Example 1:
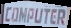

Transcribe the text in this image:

COMPUTER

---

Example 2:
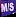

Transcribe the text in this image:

M/S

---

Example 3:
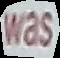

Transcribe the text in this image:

was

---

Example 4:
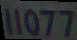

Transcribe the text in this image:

11077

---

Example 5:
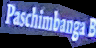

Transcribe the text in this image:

PaschimbangaB